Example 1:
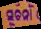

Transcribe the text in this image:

ସୂଚନା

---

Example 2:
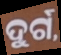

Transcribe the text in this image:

ଦୁର୍ଗ,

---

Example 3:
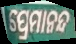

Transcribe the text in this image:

ପ୍ରେମାନନ୍ଦ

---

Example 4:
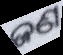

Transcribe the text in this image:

ଜଣ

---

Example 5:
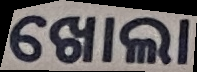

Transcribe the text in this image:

ଖୋଲା